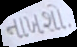
નાખશોઽ